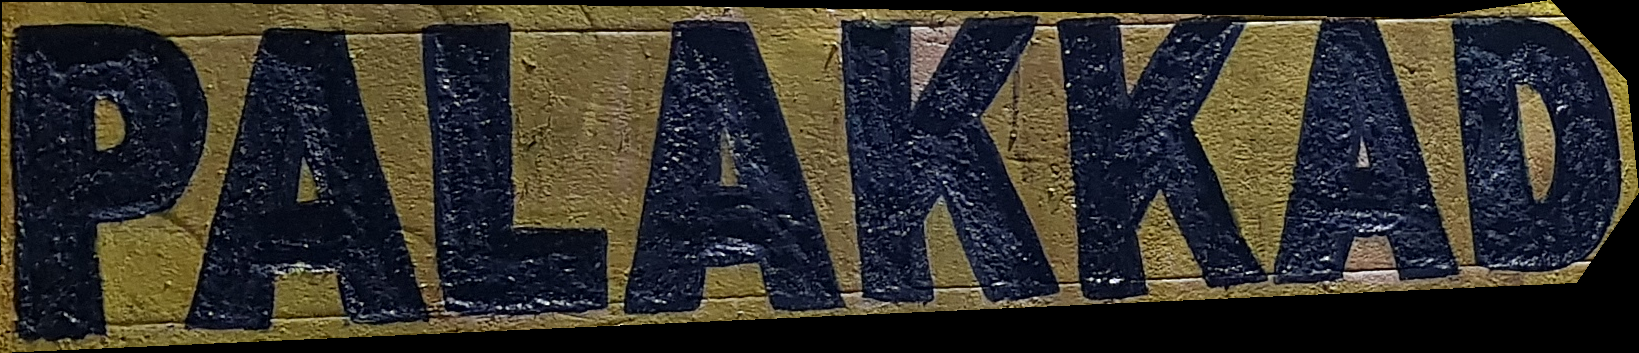
PALAKKAD